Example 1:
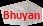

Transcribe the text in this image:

Bhuyan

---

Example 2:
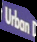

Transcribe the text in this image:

Urban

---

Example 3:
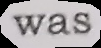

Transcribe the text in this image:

was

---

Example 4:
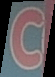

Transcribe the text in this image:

C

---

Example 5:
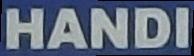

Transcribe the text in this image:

HANDI